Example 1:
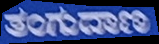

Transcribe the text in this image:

ತಂಗುದಾಣ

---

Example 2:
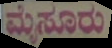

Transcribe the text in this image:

ಮೈಸೂರು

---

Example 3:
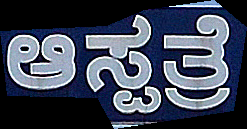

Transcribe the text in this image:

ಆಸ್ಪತ್ರೆ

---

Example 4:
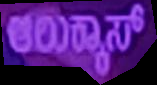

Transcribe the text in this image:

ಆಲುಕ್ಕಾಸ್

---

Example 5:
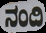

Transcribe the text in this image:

ನಂದಿ